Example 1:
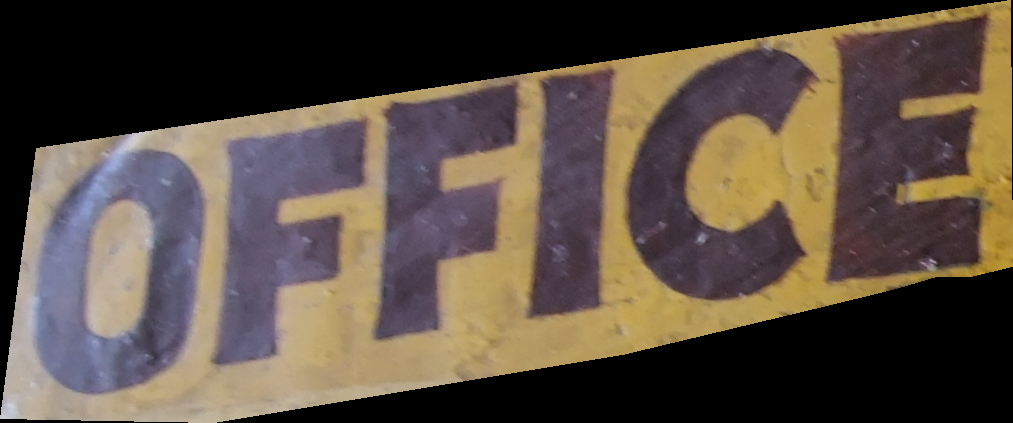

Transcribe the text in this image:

OFFICE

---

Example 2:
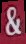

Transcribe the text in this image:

&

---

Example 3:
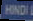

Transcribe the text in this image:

HINDI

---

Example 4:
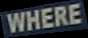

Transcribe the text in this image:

WHERE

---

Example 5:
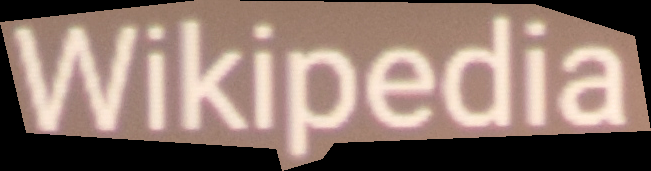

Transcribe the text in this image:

Wikipedia